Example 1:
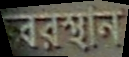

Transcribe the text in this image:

বরস্থান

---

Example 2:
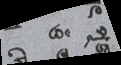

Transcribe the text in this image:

বৎ পূজা ॥ ওঁ অ ময়া দে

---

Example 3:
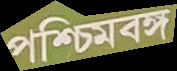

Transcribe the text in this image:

পশ্চিমবঙ্গ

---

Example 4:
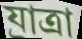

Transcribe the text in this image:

যাত্রা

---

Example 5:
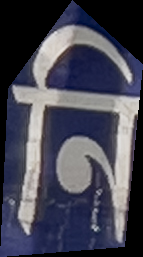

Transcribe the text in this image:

নি